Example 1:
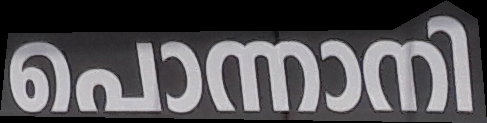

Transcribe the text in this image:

പൊന്നാനി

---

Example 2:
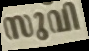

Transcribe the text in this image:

സൂവി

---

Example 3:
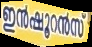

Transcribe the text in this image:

ഇൻഷൂറൻസ്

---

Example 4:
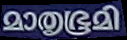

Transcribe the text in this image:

മാതൃഭൂമി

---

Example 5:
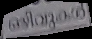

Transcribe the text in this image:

ഒഴിവുകൾ